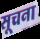
सूचना